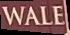
WALE